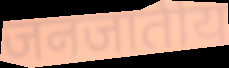
जनजातीय